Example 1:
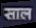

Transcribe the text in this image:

साल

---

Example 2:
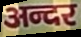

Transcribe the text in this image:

अन्दर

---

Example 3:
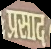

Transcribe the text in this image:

प्रसाद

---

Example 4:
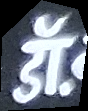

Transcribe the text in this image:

डॉ.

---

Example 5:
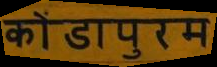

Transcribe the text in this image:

कोंडापुरम